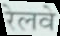
रेलवे